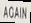
AGAIN